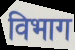
विभाग